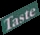
Taste